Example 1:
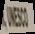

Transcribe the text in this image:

UNESCO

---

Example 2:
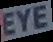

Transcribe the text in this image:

EYE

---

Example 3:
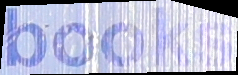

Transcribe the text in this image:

books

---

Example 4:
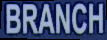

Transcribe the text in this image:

BRANCH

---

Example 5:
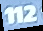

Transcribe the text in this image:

112